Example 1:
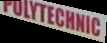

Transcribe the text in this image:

POLYTECHNIC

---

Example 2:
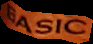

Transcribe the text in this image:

BASIC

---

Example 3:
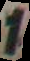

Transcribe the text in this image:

1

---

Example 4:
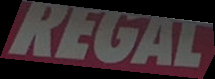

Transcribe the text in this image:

REGAL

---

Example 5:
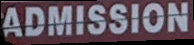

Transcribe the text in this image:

ADMISSION